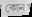
কোন